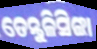
ତେନ୍ତୁଳିସିଙ୍ଗା